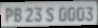
PB23S0003